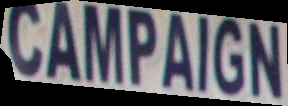
CAMPAIGN